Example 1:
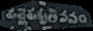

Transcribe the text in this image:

పల్లె ప్రకృతి వనం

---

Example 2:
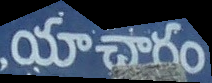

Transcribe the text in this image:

యాచారం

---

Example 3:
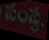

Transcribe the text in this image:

సంస్థ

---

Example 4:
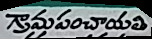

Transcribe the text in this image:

గ్రామపంచాయతి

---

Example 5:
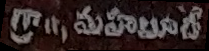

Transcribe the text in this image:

గ్రా॥,మహబూబ్